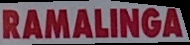
RAMALINGA